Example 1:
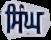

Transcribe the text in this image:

ਸਿੰਘ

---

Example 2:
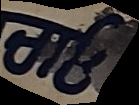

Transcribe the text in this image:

ਗ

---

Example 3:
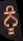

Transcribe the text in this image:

ਨੂੰ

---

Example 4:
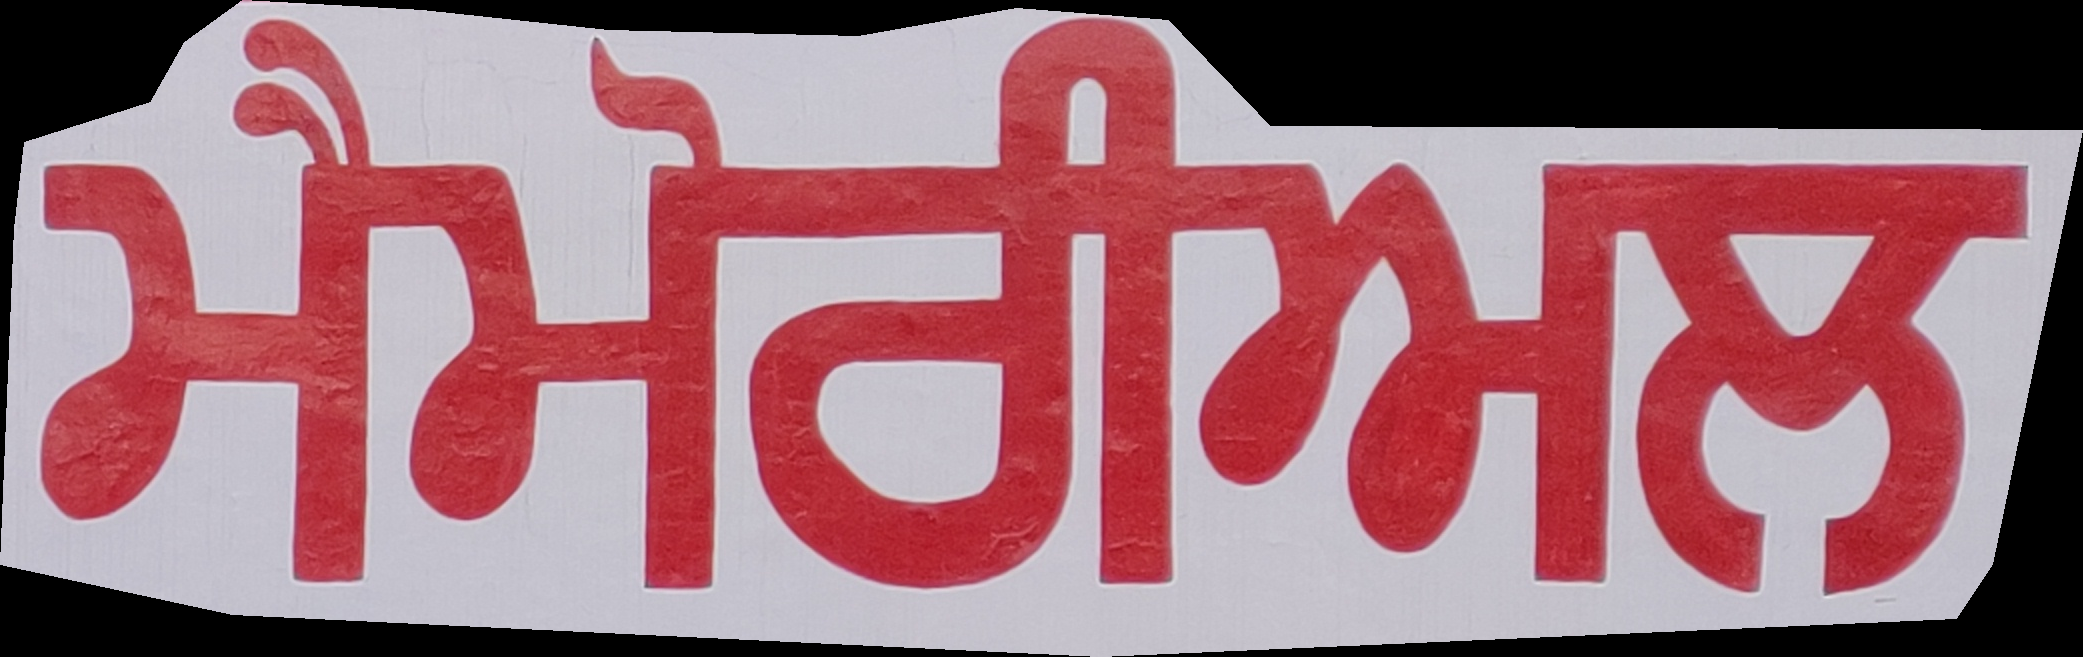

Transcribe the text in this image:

ਮੈਮੋਰੀਅਲ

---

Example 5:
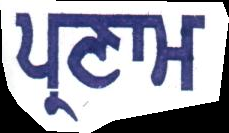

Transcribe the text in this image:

ਪ੍ਰਣਾਮ